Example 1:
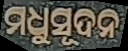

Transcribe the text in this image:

ମଧୁସୂଦନ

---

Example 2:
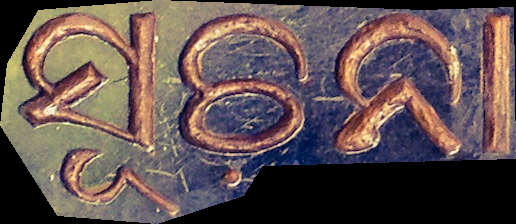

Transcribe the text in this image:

ସୂଚନା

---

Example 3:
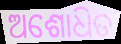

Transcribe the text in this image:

ଅଶୋଧିତ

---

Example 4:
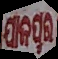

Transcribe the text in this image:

ଯାଜପୁର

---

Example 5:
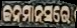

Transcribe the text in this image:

ଜନମାନସରେ